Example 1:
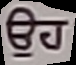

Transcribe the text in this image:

ਉਹ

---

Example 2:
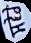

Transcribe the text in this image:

ਸਵੇਰੇ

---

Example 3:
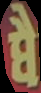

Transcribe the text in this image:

ਬੈ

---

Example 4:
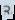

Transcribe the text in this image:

੨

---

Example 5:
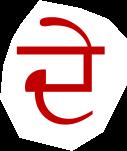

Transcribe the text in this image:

ਦੇ